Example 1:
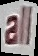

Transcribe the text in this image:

all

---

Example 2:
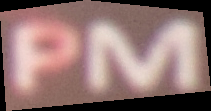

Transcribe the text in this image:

PM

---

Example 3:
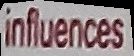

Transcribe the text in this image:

influences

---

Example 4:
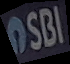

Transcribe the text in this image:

SBI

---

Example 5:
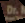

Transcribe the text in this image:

Dr.